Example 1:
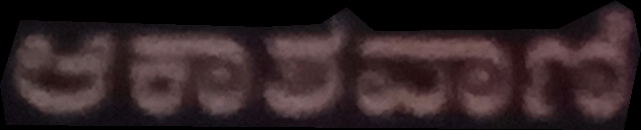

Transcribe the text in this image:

ಆಕಾಶವಾಣಿ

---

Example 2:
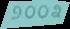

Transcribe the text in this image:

೨೦೦೩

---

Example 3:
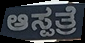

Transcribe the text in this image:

ಆಸ್ಪತ್ರೆ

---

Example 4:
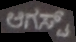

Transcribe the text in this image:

ಆಗಸ್ಟ್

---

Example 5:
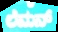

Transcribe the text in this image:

ಲೆಮನ್